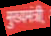
मुख्यमंत्री